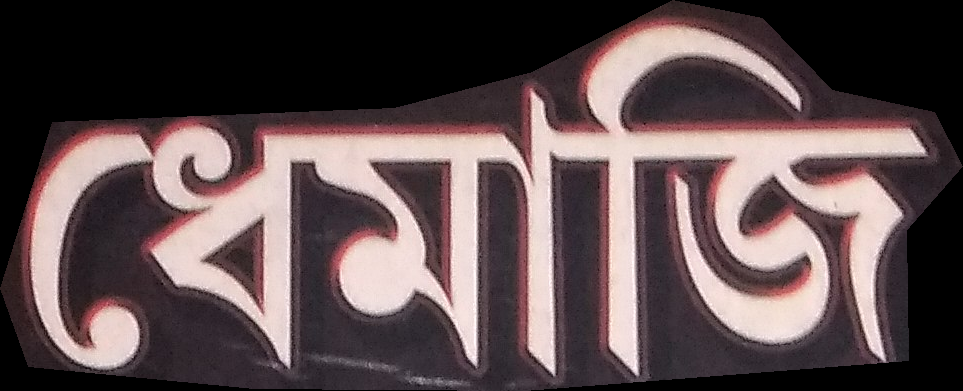
ধেম৷জি